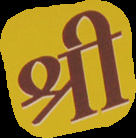
श्री